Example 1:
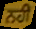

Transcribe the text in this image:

ਨਹੀ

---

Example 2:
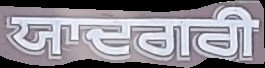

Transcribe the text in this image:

ਯਾਦਗਰੀ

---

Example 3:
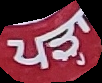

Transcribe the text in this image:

ਪੜਾ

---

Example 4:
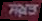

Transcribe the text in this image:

ਸਖ਼ੜ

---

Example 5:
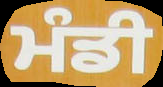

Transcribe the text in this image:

ਮੰਡੀ